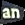
an